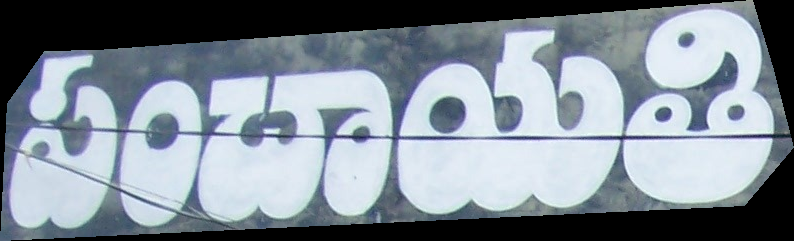
సంబాయతి